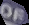
OF